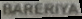
BARERIYA